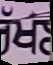
ਰੱਖਣ